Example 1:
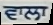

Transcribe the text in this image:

ਵਾਲਾ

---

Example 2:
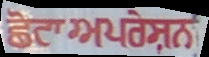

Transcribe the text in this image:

ਛੋਟਾ ਅਪਰੇਸ਼ਨ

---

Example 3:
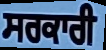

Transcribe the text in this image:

ਸਰਕਾਰੀ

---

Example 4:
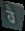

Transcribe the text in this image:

ਹੈ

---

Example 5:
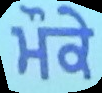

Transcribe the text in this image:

ਮੌਕੇ